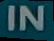
IN